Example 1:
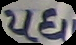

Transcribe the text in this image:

પ્ણ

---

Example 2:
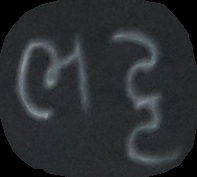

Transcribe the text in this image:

ભટ્ટ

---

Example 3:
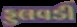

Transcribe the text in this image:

ફુલવડી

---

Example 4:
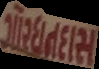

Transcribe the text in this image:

ગોરધતદાસ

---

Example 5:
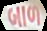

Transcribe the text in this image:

બાળ